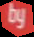
by